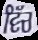
ਵਿੱਰ